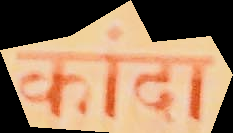
कांदा